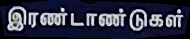
இரண்டாண்டுகள்